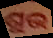
ଣୁର